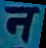
न